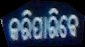
କରିପାରିବେ